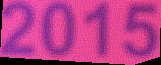
2015